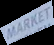
MARKET